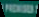
PREMISED